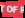
OF